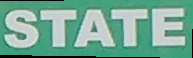
STATE